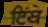
ਇंਥੇ